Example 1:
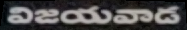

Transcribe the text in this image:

విజయవాడ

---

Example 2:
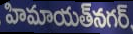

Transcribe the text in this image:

హిమాయత్ నగర్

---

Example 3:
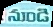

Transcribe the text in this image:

మండి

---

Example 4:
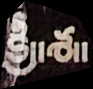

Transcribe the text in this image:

శ్రీ॥శ॥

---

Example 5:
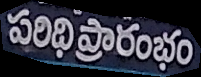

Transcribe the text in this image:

పరిధిప్రారంభం